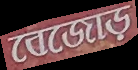
বেজোড়